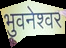
भुवनेश्वर